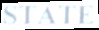
STATE